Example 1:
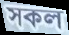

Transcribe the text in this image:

সকল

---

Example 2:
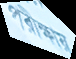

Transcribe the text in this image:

পরীক্ষায়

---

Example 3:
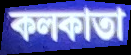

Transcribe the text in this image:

কলকাতা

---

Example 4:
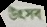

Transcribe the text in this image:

উৎসব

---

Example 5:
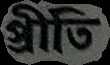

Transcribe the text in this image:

প্রীতি